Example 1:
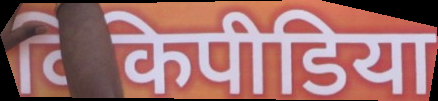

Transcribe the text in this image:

किपीडिया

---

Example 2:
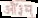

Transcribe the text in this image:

ओ३म्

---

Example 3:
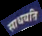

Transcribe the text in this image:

साधवति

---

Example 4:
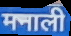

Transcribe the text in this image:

मनाली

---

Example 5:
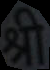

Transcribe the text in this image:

श्री